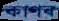
কাণৰ